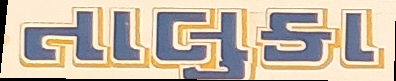
તાલુકા